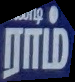
ராம்